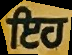
ਇਹ